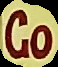
Go